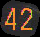
42